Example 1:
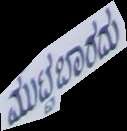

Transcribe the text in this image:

ಮುಟ್ಟಬಾರದು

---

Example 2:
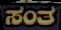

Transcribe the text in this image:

ಸಂತ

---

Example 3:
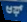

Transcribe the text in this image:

ಆಫ್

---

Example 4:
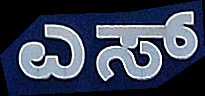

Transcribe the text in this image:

ಎಸ್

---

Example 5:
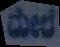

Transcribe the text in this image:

ಮೇಲೆ